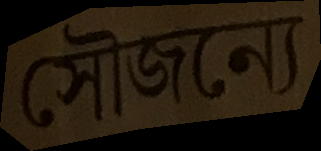
সৌজন্যে